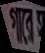
গারে